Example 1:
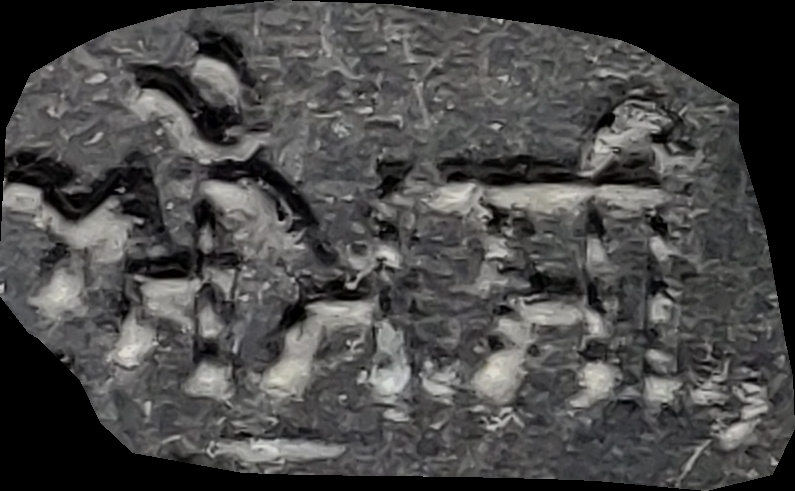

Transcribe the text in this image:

ਐਮਸੀ.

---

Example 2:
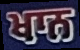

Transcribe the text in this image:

ਖਾਨ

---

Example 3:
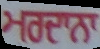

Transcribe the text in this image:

ਮਰਦਾਨਾ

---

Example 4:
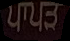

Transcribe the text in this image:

ਪਾਪੜ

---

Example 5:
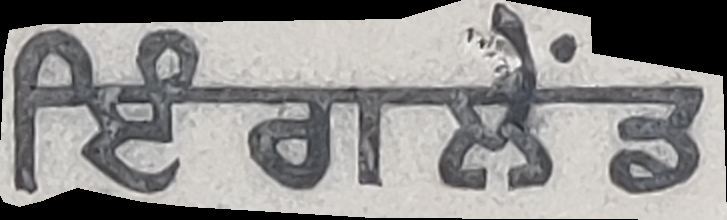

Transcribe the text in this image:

ਇੰਗਲੇਂਡ